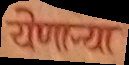
येणाऱ्या